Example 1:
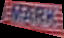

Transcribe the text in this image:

MARK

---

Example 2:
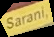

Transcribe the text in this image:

Sarani,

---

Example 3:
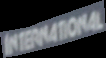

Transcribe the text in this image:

INTERNATIONAL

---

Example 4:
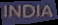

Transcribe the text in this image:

INDIA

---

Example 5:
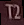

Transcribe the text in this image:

T2